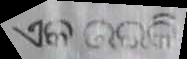
ଏକ ଉଇକି